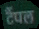
ਟੈਂਧਲ